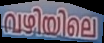
വഴിയിലെ